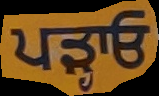
ਪੜ੍ਹਾਓ